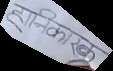
हानिकारक